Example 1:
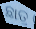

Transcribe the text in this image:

ଛାତ୍ର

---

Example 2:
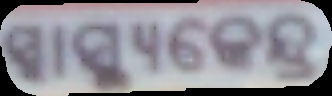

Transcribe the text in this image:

ସ୍ବାସ୍ଥ୍ୟକେନ୍ଦ୍ର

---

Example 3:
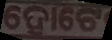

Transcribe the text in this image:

ହୋଟେ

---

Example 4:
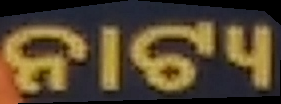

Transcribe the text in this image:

ନାଟ୍ଯ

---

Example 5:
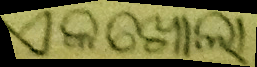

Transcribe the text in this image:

ଏକ ଖୋଲା